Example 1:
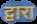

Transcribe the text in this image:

द्वारा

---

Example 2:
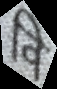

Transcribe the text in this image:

वि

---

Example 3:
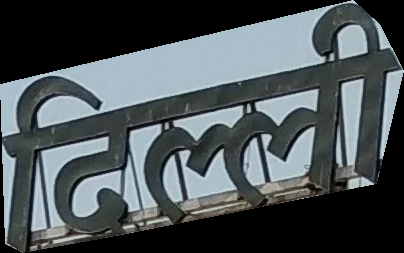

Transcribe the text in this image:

दिल्ली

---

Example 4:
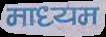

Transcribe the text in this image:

माध्यम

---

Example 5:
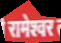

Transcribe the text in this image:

रामेश्वर